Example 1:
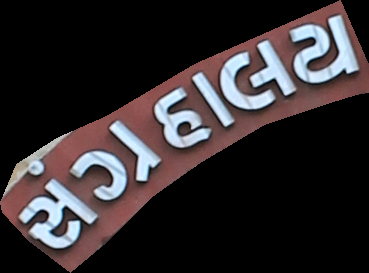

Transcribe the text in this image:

સંગ્રહાલય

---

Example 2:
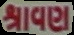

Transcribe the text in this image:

શ્રાવણ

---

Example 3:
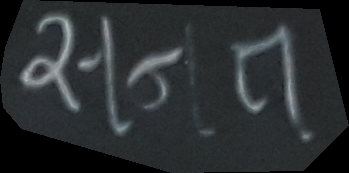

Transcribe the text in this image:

સનત્ત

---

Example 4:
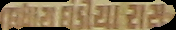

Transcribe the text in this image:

જલધારા ડાંકીયા રાસ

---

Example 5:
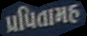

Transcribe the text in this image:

પ્રપિતામહ